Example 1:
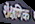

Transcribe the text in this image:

शैक्षणिक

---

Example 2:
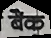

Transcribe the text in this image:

बैंक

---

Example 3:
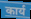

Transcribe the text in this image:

कार्य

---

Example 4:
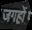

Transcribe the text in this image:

जगहों।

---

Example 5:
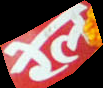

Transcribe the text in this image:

रेल